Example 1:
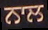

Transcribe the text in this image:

ਨਾਲ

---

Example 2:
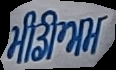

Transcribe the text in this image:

ਮੀਡੀਅਮ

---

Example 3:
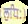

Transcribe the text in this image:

ਲੁਧਿ:।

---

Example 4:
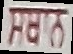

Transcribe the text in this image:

ਸਥਾਨ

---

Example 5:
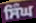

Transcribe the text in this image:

ਸਿੰਘ